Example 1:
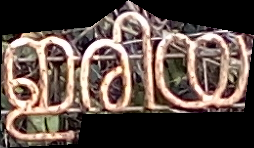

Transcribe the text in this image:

ഇരിയ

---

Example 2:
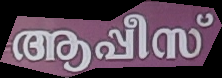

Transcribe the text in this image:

ആപ്പീസ്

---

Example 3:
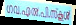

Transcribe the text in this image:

ഗവ.എൽ.പിൽകൂടി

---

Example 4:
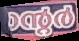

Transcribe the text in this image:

ൻ്റർ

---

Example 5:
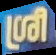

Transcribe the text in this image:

ശ്രീ